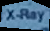
X-Ray